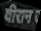
वीरान